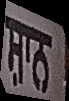
ਸ਼ਾਨ